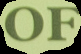
OF